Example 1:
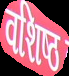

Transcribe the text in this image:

वशिष्ठ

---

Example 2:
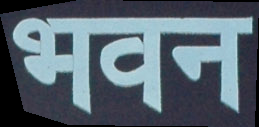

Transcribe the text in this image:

भवन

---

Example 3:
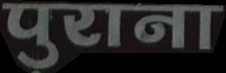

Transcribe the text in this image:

पुराना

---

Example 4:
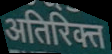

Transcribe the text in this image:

अतिरिक्त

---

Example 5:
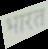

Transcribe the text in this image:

भारत